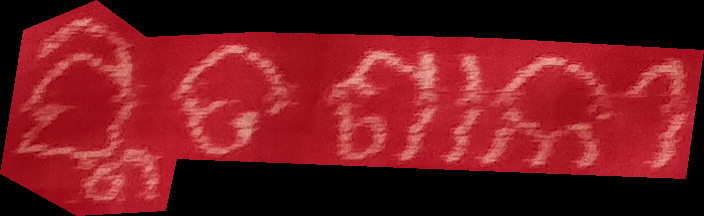
ସ୍ଟିତ ଶାଳୀ